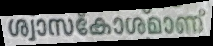
ശ്വാസകോശമാണ്